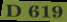
D619